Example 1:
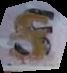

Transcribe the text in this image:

ક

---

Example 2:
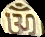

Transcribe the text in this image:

ૐ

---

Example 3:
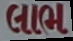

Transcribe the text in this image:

લાભ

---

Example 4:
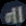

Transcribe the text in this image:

ના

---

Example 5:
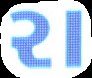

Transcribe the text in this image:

રા